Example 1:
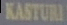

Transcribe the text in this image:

KASTURI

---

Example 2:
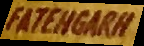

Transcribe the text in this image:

FATEHGARH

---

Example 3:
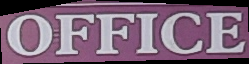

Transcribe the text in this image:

OFFICE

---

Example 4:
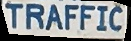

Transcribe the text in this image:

TRAFFIC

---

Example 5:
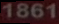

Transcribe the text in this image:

1861